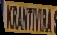
KRANTIVIRA